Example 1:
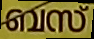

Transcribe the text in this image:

ബസ്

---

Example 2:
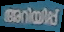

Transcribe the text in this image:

അറിയിപ്പ്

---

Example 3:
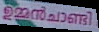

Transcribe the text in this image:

ഉമ്മൻചാണ്ടി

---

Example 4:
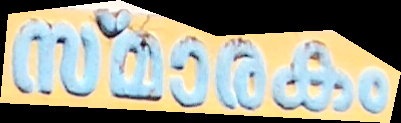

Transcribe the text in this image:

സ്മാരകം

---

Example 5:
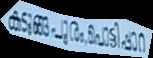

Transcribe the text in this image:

കടങ്ങപുരംപൊടിപ്പാറ